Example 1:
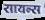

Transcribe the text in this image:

सायन्स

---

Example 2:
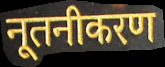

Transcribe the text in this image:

नूतनीकरण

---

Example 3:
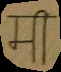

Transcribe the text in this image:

मी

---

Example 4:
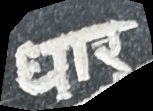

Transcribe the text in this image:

धार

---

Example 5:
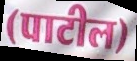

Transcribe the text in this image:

(पाटील)